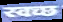
स्वच्छ